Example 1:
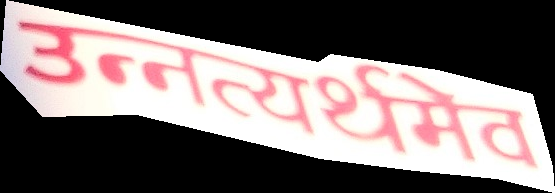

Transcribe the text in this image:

उन्नत्यर्थमेव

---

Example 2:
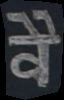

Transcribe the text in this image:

वै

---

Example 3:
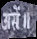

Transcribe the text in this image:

असें॥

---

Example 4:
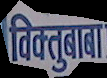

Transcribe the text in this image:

विक्तुबाबा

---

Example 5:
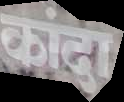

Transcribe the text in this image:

कांदा